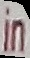
in